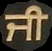
ਜੀ